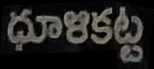
ధూళికట్ట